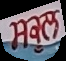
ਸਕੂਲ